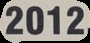
2012